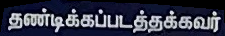
தண்டிக்கப்படத்தக்கவர்